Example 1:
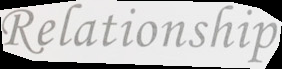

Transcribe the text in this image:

Relationship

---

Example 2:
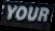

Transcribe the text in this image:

YOUR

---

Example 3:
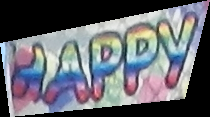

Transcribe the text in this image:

HAPPY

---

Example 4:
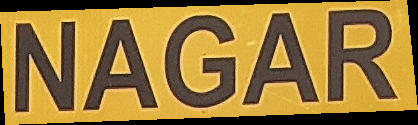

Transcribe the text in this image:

NAGAR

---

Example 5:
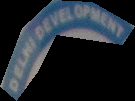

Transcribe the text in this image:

DELHI DEVELOPMENT